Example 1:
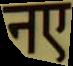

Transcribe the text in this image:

नए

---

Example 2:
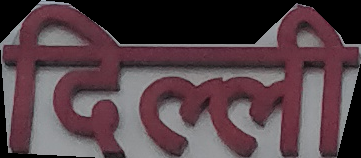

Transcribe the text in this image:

दिल्ली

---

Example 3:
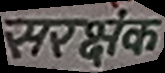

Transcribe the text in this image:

सरक्षंक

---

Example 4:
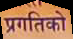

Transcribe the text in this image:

प्रगतिको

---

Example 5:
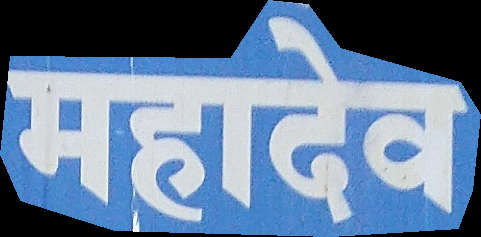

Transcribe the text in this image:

महादेव